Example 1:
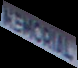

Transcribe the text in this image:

MEMORIAL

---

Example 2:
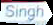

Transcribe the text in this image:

Singh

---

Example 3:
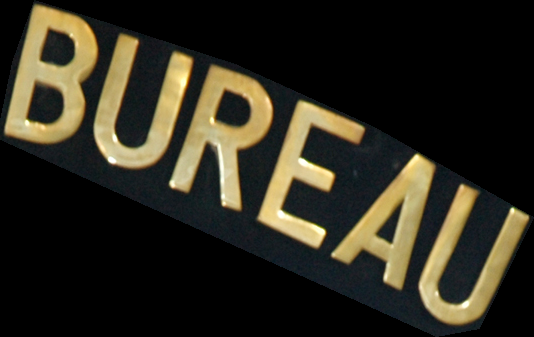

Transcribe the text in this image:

BUREAU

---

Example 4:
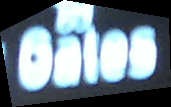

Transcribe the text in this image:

Gates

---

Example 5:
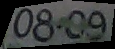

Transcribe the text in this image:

08.09